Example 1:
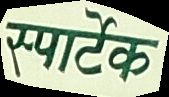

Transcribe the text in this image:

स्पार्टेक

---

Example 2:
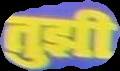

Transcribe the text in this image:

तुझी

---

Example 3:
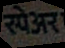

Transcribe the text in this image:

स्पेअर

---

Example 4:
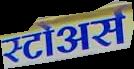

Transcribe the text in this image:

स्टोअर्स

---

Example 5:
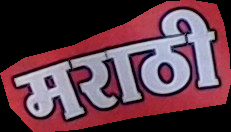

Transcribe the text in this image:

मराठी